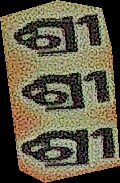
ଶ୍ରୀଶ୍ରୀଶ୍ରୀ